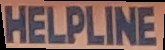
HELPLINE